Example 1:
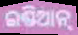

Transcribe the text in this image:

ଇଣ୍ଡିଆନ୍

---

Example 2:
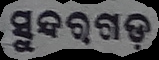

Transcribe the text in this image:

ସୁଦରଗଡ଼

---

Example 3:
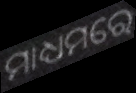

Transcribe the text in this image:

ମାଧମରେ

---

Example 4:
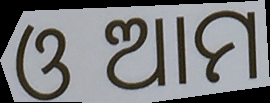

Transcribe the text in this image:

ଓଆମ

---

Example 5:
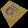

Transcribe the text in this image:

ମା